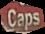
Caps